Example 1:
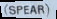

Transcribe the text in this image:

(SPEAR)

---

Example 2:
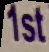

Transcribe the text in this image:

1st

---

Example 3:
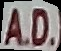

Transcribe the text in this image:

A.D.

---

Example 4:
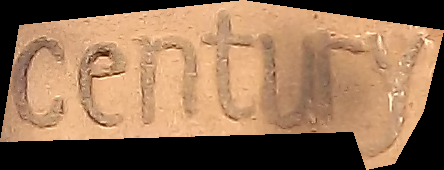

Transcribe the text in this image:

century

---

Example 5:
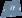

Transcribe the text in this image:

it